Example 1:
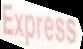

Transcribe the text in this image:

Express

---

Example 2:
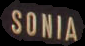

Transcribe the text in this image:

SONIA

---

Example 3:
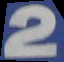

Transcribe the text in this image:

2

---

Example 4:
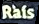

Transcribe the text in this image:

Rafs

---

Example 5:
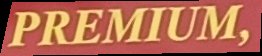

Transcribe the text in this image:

PREMIUM,